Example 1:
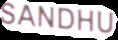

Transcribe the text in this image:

SANDHU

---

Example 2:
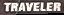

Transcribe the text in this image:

TRAVELER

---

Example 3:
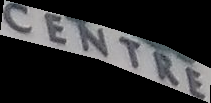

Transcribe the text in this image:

CENTRE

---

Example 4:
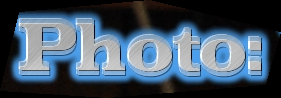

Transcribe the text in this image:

Photo:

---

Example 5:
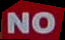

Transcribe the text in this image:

NO